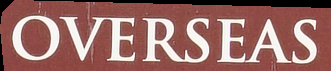
OVERSEAS